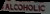
ALCOHOLIC